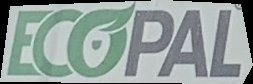
ECOPAL